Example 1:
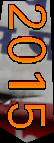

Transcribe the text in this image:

2015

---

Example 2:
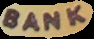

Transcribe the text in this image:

BANK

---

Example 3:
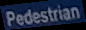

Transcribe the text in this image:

Pedestrian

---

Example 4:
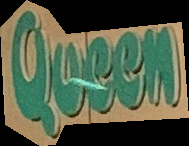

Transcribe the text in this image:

Queen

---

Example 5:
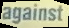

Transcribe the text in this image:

against